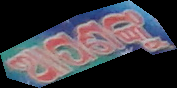
ଆପଣଙ୍କୁ